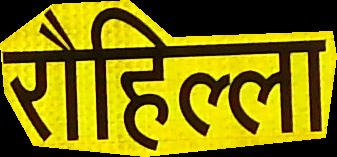
रौहिल्ला